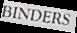
BINDERS